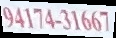
94174-31667